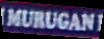
MURUGAN